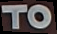
TO